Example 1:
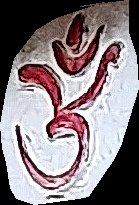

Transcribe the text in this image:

ૐ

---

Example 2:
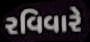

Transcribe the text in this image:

રવિવારે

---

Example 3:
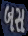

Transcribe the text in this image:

બસ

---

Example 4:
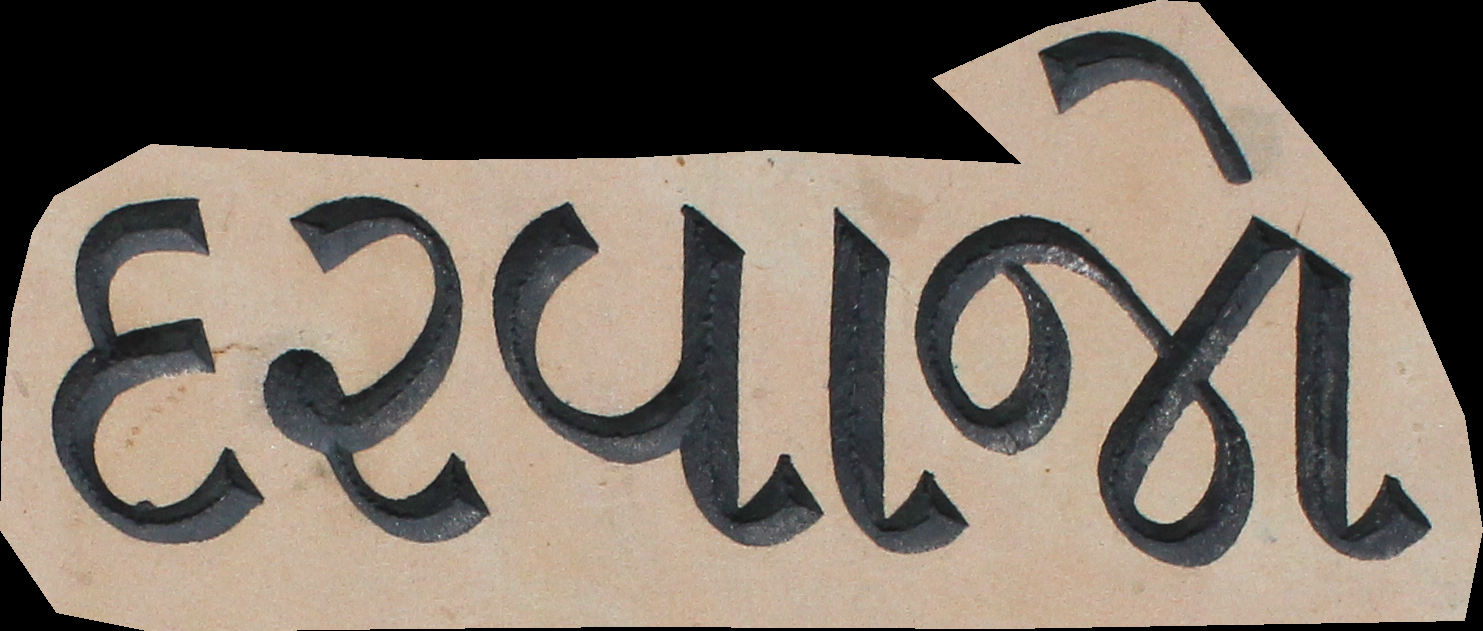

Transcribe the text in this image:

દરવાજો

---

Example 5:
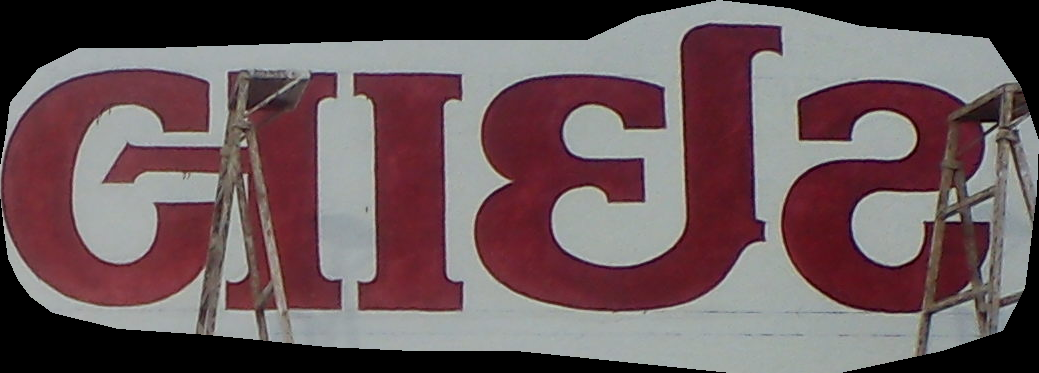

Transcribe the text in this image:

લાઈટ